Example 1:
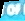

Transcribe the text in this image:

OF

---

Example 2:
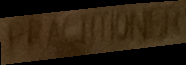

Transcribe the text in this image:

PRACIMONER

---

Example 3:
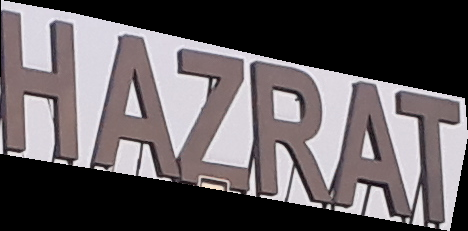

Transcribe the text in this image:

HAZRAT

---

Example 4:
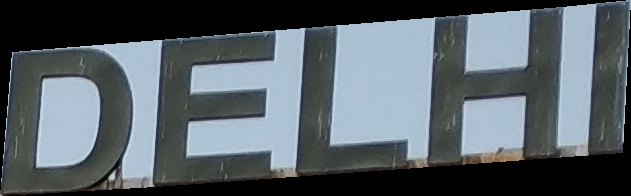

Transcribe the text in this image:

DELHI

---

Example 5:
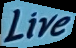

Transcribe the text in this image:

Live